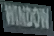
WINDOW